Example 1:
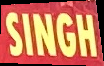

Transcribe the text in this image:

SINGH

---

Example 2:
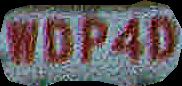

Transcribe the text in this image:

WDP4D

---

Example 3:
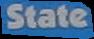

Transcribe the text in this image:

State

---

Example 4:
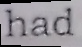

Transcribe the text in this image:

had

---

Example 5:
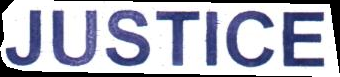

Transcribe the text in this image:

JUSTICE